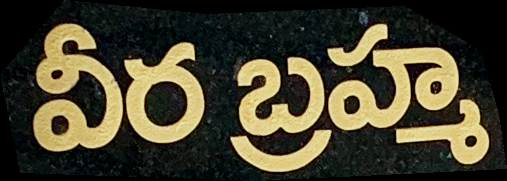
వీరబ్రహ్మ